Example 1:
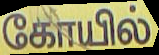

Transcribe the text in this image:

கோயில்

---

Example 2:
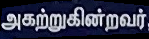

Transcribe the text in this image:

அகற்றுகின்றவர்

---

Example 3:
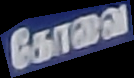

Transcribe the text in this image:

கோவை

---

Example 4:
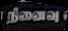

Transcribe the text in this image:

நினனவு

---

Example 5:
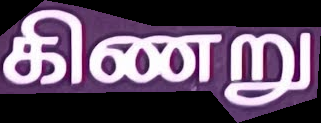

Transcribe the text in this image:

கிணறு